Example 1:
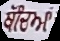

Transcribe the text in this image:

ਥੱਦਿਆਂ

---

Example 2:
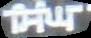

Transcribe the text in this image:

ਸਿੰਘ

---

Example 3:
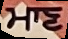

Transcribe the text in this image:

ਮਾਣ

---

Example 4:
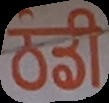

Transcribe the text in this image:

ਠੰਡੀ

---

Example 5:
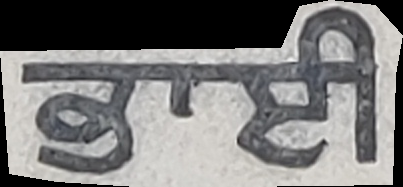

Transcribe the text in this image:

ਭਾਈ